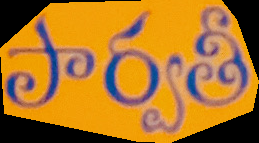
పార్వతీ